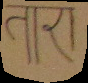
तारा